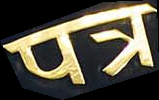
पत्र